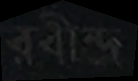
রবীন্দ্র